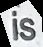
is